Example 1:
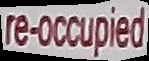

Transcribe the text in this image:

re-occupied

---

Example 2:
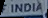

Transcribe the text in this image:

INDIA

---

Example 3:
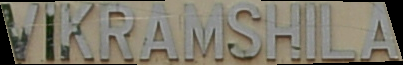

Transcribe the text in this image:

VIKRAMSHILA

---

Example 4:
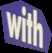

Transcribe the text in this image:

with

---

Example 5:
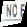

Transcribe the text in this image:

NO